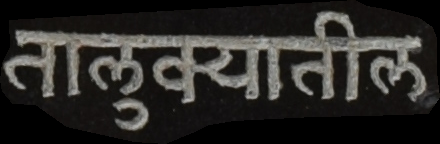
तालुक्यातील